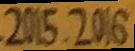
2015.2016